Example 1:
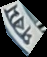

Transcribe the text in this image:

পৰম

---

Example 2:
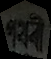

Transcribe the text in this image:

পথৰী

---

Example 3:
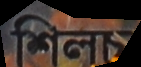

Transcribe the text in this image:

শিলচ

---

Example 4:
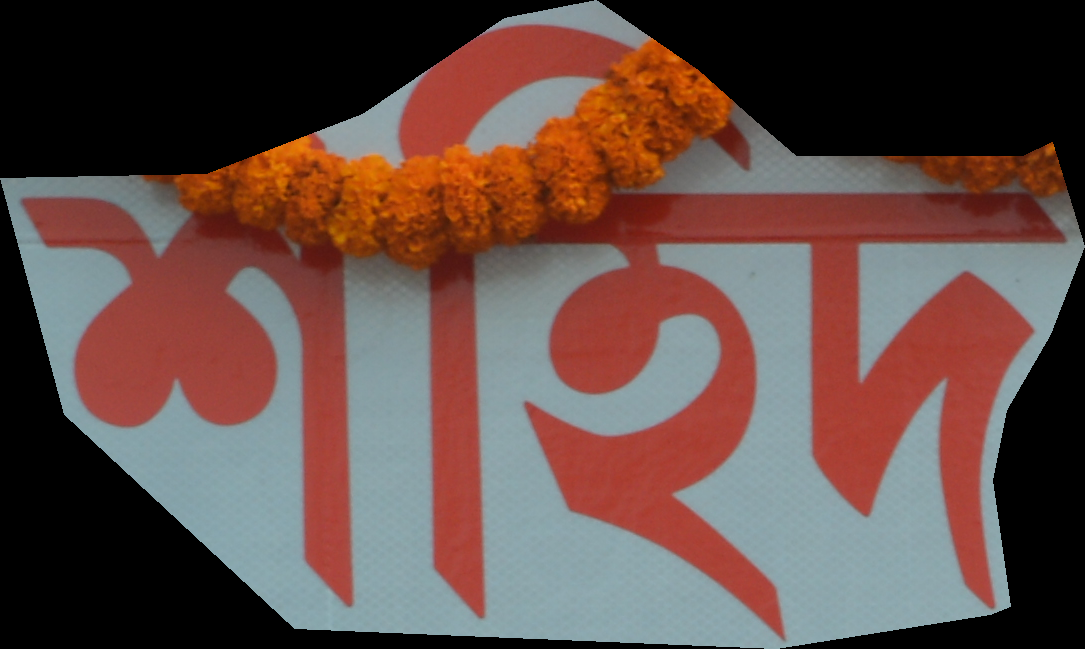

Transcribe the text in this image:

শহিদ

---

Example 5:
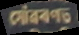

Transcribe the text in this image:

সোঁৱৰণত